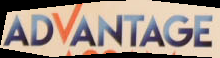
ADVANTAGE